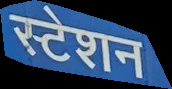
स्टेशन